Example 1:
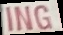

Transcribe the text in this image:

ING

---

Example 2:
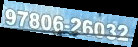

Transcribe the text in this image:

97806-26032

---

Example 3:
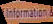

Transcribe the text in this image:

Information&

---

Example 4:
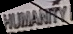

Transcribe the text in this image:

HUMANITY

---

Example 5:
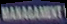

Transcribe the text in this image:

MANAGAMENT